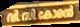
വിസികോരൻ